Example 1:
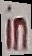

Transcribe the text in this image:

in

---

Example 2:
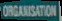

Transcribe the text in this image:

ORGANISATION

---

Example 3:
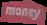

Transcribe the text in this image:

money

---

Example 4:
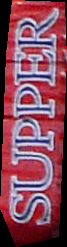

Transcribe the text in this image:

SUPPER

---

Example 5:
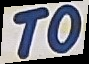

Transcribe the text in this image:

TO